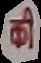
की